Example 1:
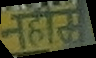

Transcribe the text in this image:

नहीम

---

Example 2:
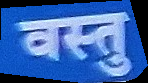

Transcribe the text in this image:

वस्तु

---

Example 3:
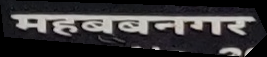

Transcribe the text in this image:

महबूबनगर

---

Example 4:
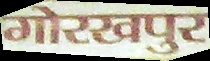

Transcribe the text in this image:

गोरखपुर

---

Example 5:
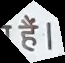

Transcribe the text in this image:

हैं।